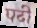
पदी